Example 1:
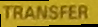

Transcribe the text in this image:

TRANSFER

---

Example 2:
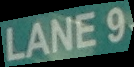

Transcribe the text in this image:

LANE9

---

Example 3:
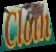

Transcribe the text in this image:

Cloth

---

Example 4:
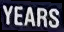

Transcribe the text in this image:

YEARS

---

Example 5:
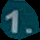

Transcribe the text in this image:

1.